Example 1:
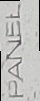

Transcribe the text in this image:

PANEL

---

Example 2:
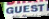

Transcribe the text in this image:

GUEST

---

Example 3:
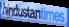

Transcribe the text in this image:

hindustantimes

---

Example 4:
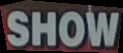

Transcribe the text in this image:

SHOW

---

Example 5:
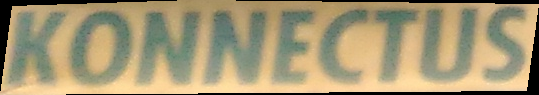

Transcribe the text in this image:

KONNECTUS